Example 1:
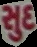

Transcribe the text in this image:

સુદ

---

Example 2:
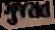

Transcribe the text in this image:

ગુજરાત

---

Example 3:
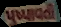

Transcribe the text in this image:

પુષપાવતી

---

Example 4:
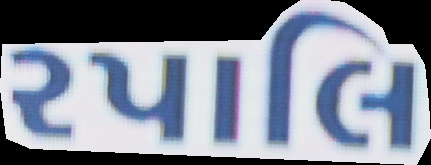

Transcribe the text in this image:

રપાલિ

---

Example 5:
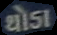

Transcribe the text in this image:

થોડા